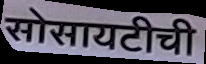
सोसायटीची